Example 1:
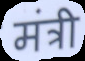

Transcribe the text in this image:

मंत्री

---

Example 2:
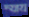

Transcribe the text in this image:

न्याय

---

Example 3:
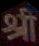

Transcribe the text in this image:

श्री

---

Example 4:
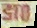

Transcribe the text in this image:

डा०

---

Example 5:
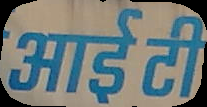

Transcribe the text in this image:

आईटी